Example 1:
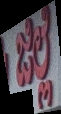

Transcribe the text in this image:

ಜಲ್ಲೆ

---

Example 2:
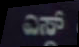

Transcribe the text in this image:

ಎಸ್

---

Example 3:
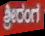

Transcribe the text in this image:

ಶ್ರೀರಂಗ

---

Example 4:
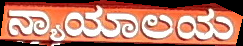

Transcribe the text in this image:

ನ್ಯಾಯಾಲಯ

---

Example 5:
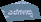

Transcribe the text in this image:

ಎಲೆಗಳನ್ನು